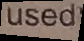
used